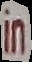
in